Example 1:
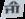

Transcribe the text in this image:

ਜੀ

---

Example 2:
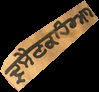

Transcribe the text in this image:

ਦੁਸੈਣਕਹਿਆ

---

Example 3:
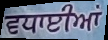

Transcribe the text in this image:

ਵਧਾਈਆਂ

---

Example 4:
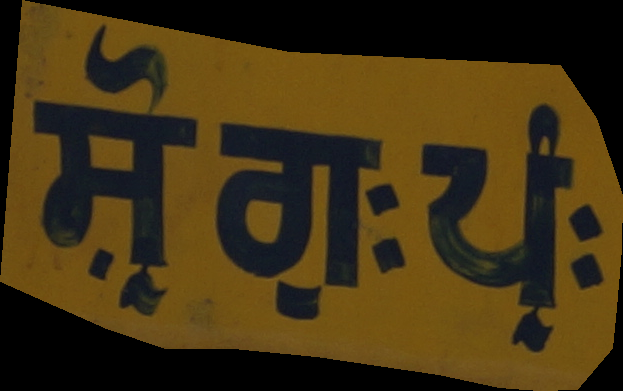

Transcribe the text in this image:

ਸ਼ੋੁਗੁਃਪੁੰਃ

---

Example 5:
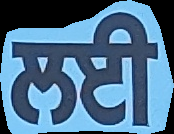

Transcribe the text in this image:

ਲਈ